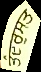
ਤੰਦਰੁਸਤ